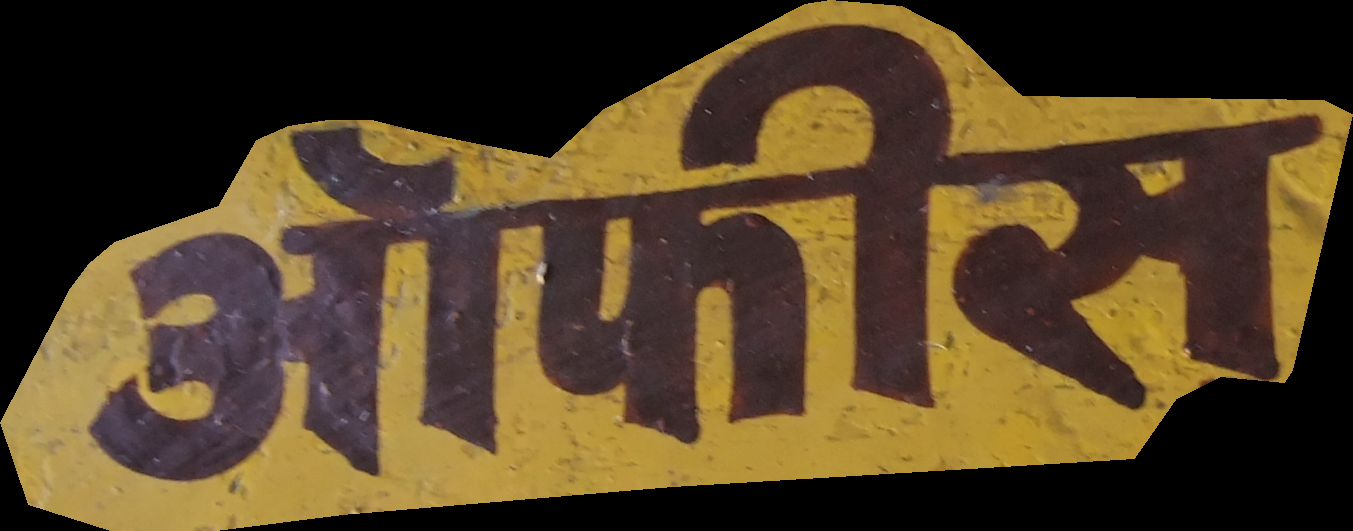
ओफीस